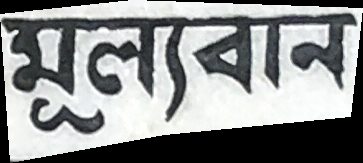
মূল্যবান